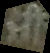
श्री